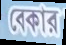
বেকার